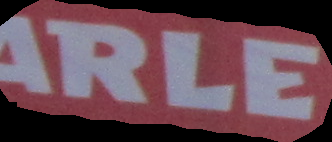
ARLE